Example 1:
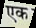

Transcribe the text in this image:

एक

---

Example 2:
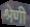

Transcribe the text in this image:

श्रेणी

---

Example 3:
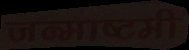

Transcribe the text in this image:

जन्माष्टमी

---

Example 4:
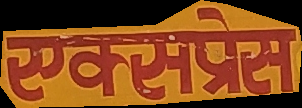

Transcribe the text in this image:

एक्सप्रेस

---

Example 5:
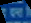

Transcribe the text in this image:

दन्त